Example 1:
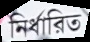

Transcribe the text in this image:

নির্ধারিত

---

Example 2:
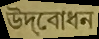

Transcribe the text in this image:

উদবোধন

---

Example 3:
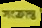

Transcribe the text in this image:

সংক্রান্ত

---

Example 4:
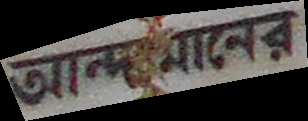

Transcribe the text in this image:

আন্দস্মানের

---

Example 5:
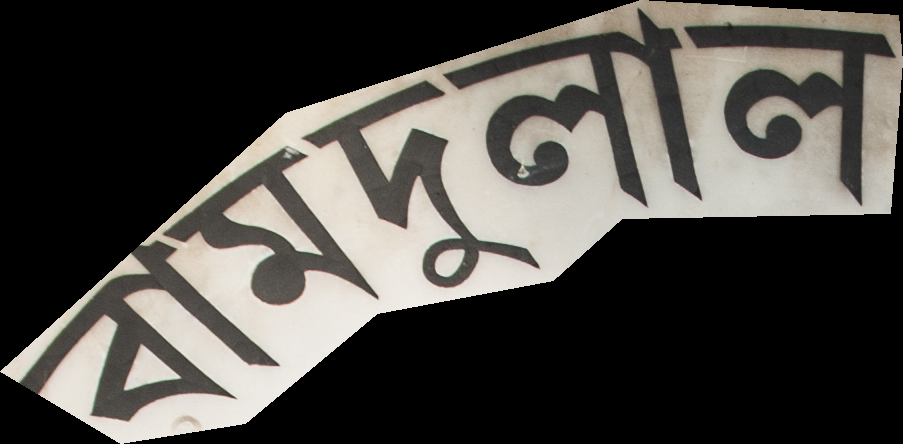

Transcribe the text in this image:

বামদুলাল